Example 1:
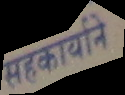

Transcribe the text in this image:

सहकार्याने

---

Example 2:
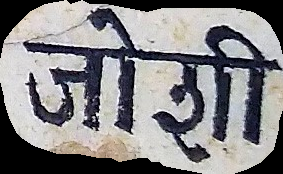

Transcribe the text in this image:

जोशी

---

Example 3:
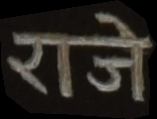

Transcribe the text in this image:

राजे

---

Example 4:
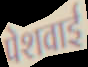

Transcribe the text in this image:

पेशवाई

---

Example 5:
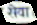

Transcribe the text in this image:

रोया